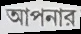
আপনার